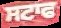
ਸਟਾਫ